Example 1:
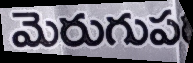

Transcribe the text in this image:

మెరుగుప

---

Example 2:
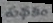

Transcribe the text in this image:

పథకం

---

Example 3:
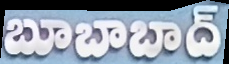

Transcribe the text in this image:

బూబాబాద్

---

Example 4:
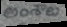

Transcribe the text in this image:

అంశాల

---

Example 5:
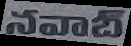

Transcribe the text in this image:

నవాబ్